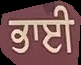
ਭਾਈ